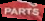
PARTS